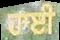
ਹਾਈ